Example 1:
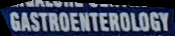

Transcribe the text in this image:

GASTROENTEROLOGY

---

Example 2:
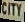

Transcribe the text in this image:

CITY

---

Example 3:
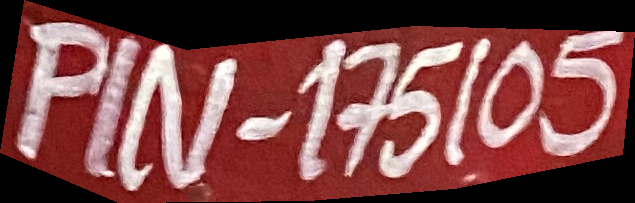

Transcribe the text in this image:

PIN-175105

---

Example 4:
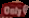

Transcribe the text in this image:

Only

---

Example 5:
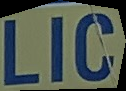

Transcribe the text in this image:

LIC